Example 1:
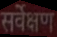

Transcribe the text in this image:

सर्वेक्षण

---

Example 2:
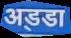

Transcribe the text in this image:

अड्डा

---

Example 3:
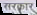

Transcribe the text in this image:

सरकार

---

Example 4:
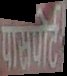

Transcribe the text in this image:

पासपोर्ट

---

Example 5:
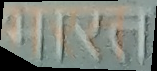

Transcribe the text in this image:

भारत